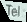
Tel